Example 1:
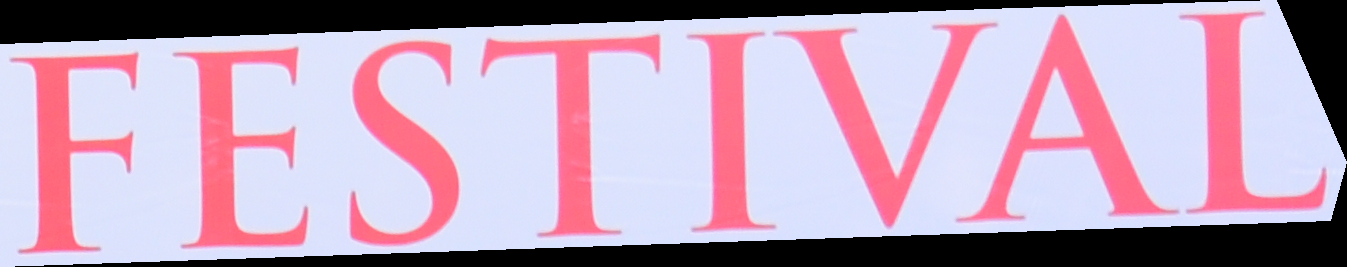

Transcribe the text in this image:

FESTIVAL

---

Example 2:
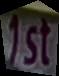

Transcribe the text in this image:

1st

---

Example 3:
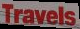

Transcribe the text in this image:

Travels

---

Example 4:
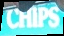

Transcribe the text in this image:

CHIPS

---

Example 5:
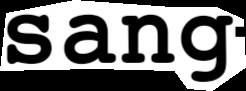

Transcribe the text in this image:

sang